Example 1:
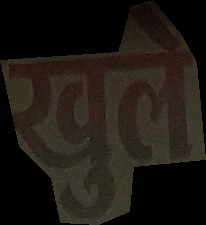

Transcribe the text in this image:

खुले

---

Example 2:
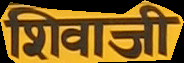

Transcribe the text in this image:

शिवाजी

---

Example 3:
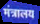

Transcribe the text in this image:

मंत्रालय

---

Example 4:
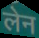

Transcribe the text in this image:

लेन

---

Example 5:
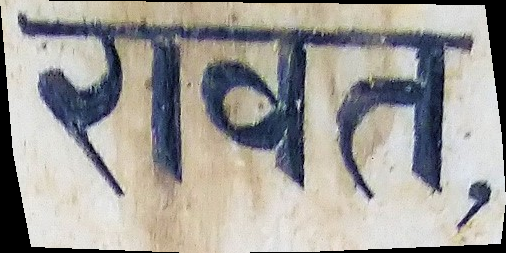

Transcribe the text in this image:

रावत,